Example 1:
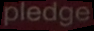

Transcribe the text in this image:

pledge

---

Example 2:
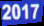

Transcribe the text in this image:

2017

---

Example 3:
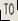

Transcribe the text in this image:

TO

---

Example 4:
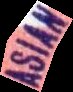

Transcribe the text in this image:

ASIAN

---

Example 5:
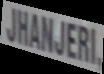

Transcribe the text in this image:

JHANJERI,